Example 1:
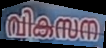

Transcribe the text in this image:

വികസന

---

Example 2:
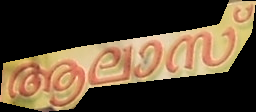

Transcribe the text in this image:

ആലാസ്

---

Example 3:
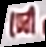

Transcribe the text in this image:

ശ്രീ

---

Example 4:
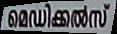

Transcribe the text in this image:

മെഡിക്കൽസ്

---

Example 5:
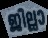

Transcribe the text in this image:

ജില്ലാ